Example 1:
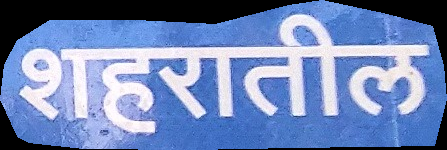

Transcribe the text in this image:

शहरातील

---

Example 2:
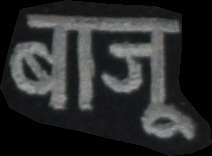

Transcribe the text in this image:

बाजू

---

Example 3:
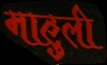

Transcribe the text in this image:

माहुली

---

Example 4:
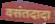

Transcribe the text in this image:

वसंतदादा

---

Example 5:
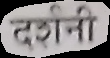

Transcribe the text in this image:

दर्शनी